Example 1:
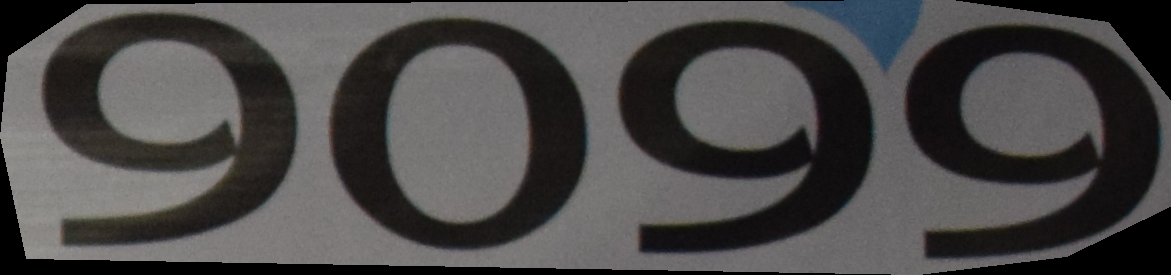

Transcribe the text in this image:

୨୦୨୨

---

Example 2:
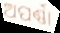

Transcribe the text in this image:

ଅପର୍ଣ୍ଣା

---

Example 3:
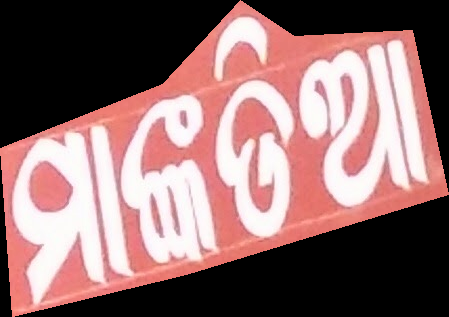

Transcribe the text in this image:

ମାଙ୍କଡିଆ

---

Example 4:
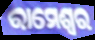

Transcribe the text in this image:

ରାମେଶ୍ବର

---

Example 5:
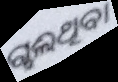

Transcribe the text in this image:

ଗୁଲଥୁବା